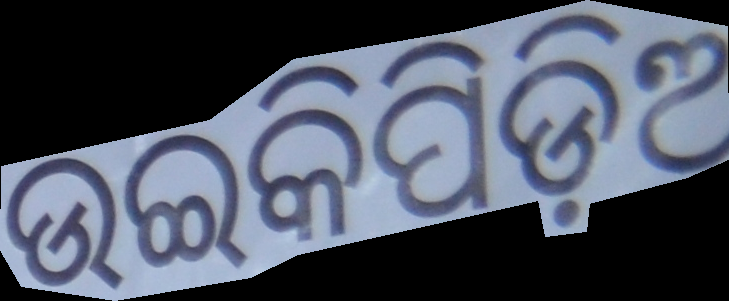
ଉଇକିପିଡ଼ିଆ